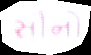
સોનો